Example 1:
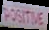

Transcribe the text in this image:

POSITIVE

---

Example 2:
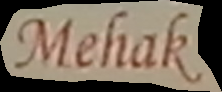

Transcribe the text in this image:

Mehak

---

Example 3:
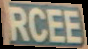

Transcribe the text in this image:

RCEE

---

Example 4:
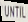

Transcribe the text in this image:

UNTIL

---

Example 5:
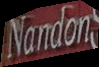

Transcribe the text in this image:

Nandon